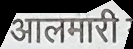
आलमारी